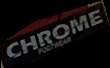
CHROME